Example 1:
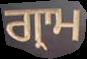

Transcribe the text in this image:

ਗ੍ਰਾਮ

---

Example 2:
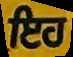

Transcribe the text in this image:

ਇਹ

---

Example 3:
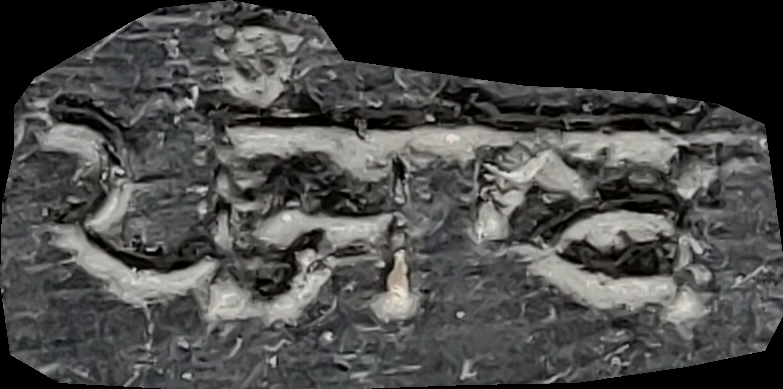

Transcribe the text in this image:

ਪੰਜਾਬ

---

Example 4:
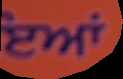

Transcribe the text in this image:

ਇਆਂ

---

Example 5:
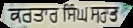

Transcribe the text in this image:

ਕਰਤਾਰਸਿੰਘਸਰਤ